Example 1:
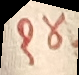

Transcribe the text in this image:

१४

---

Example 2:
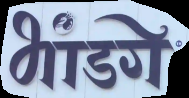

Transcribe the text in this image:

भांडगे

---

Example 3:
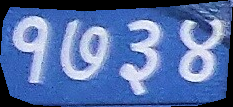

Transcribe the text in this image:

१७३४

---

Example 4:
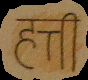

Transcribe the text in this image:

हत्ती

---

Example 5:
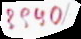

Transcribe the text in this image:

१९५०/